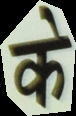
क‍े